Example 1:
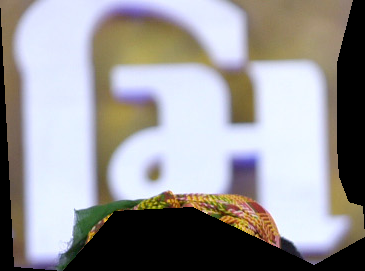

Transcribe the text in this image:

મિ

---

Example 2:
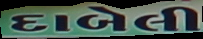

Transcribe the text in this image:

દાબેલી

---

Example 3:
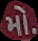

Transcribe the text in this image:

મો.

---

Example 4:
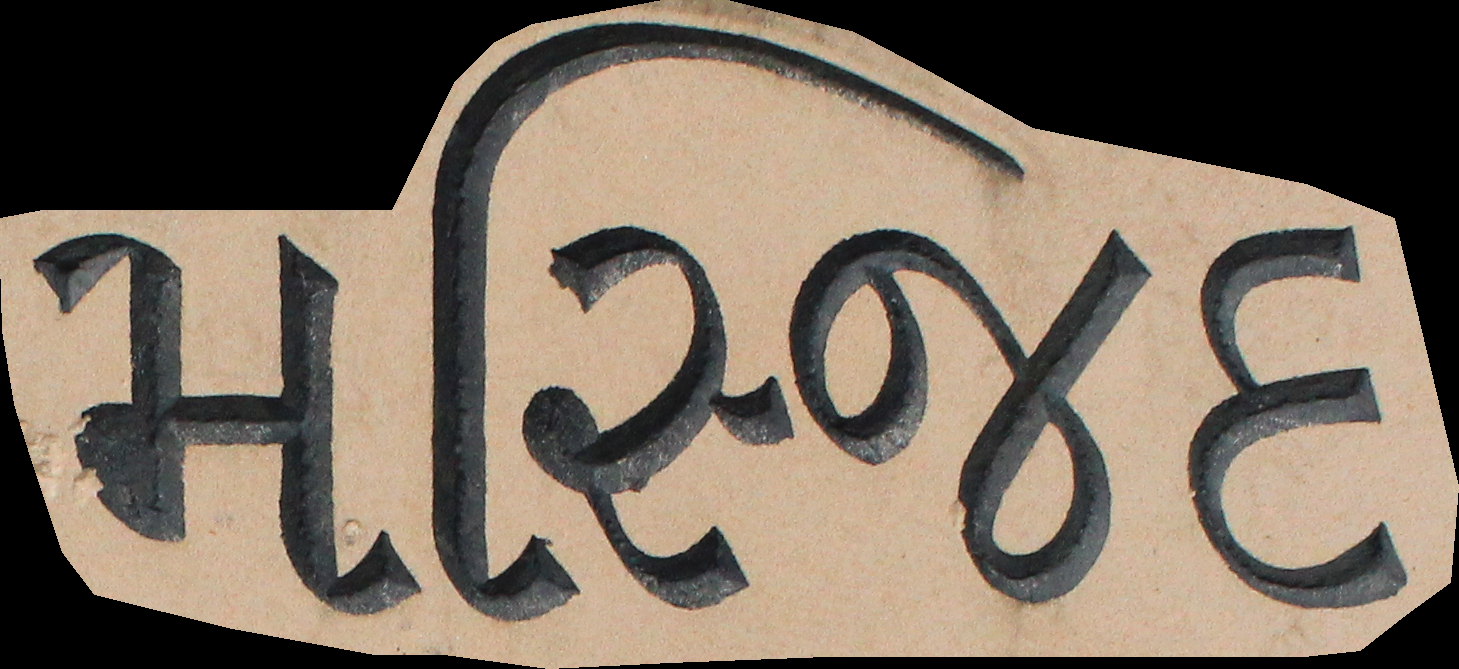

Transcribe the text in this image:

મસ્જિદ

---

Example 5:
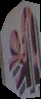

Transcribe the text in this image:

શ્રી